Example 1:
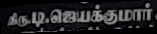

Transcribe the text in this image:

திரு.டி.ஜெயக்குமாா்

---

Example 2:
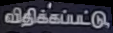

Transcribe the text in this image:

விதிக்கப்பட்டு,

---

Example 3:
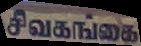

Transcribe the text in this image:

சிவகங்கை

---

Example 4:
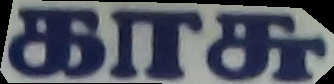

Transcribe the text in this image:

காசு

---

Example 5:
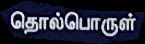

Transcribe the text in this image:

தொல்பொருள்